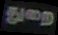
துறை